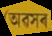
অৱসৰ